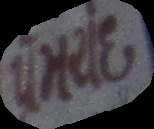
પ્રેમચંદ